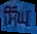
ਸਿੰਘ